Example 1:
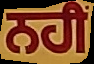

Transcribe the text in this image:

ਨਹੀ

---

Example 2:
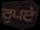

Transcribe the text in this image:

ਰੁਪਏ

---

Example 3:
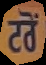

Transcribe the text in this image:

ਟਰੋ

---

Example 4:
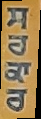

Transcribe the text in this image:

ਸਹਕਾਰ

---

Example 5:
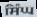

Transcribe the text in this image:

ਸਿੰਘ